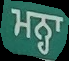
ਮਨ੍ਹਾ